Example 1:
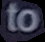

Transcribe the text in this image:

to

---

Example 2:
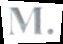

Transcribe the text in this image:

M.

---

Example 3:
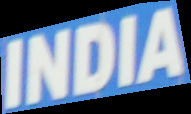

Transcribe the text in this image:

INDIA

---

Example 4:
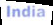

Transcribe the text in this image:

India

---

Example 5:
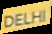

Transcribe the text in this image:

DELHI